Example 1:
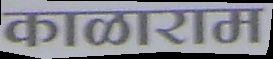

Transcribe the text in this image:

काळाराम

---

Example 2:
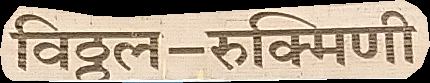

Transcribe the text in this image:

विठ्ठल-रुक्मिणी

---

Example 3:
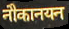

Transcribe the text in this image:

नौकानयन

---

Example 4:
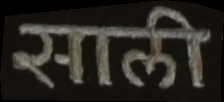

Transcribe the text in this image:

साली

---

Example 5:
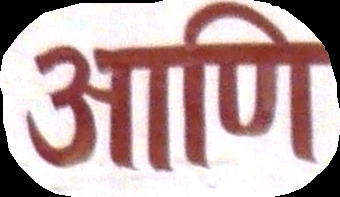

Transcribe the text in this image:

आणि